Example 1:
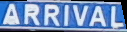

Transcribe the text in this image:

ARRIVAL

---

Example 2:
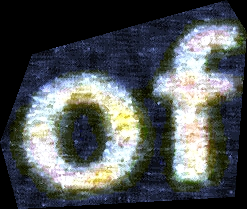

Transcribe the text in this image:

of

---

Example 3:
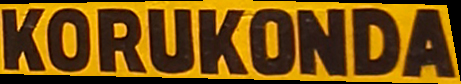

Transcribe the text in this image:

KORUKONDA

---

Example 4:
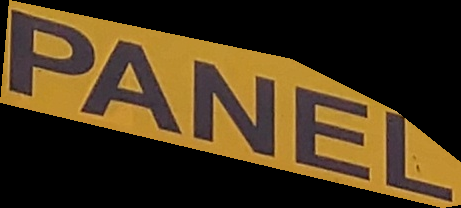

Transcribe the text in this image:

PANEL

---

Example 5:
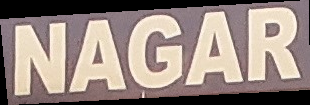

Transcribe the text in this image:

NAGAR